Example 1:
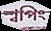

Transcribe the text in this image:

শপিং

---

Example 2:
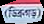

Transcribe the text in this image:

(ডিব্ৰুগড়)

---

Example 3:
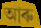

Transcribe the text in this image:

আৰু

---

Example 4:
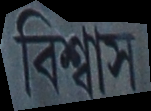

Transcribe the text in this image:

বিশ্বাস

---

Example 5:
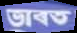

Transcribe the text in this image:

ভাৰত